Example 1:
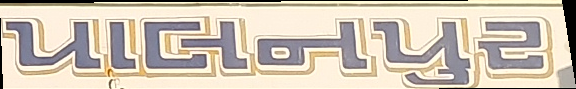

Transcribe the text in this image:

પાલનપુર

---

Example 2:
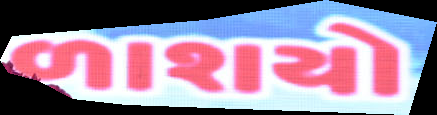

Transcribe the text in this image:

ળાશયો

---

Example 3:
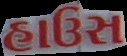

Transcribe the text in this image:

હાઉસ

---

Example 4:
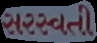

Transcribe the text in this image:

સરસ્વતી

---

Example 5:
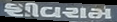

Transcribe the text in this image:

શીવરામ